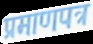
प्रमाणपत्र